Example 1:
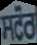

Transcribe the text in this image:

ਸਟੋਠ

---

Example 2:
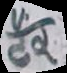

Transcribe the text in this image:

ਟੈਂਕ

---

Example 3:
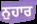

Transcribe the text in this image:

ਨੁਹਾਰ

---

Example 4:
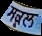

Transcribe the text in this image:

ਸਕੂਲ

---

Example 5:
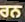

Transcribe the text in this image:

ਰਨ